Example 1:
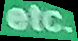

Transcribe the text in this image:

etc.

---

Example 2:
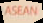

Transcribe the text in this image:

ASEAN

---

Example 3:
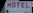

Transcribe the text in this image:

HOTEL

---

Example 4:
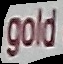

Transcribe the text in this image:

gold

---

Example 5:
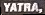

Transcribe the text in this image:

YATRA,